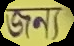
জন্য